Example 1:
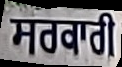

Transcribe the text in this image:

ਸਰਕਾਰੀ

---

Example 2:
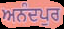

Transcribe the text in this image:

ਅਨੰਦਪੁਰ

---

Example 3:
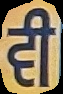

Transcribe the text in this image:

ਵੀ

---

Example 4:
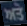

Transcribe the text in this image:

ਅਤੇ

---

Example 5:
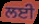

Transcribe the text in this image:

ਲਈ